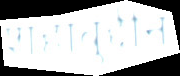
शहाबुद्दीन